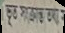
ভূত সংক্রান্ত তথ্য